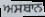
ਅਸਥਾਨ